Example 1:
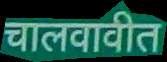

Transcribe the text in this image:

चालवावीत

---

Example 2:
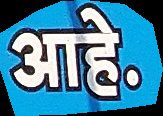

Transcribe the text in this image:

आहे.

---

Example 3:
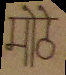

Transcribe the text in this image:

मोठे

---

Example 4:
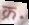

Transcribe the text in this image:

क्र.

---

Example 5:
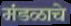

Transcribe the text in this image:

मंडळाचे